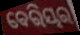
ବେରିସ୍‌ର